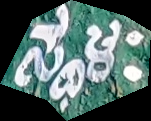
ಸ್ಥಳಃ